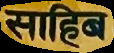
साहिब